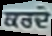
ਕਰਦੇ